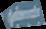
T